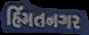
હિંમતનગર